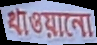
খাওয়ানো